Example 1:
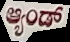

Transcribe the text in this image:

ಆ್ಯಂಡ್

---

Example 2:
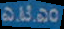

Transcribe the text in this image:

ಎ.ಟಿ.ಎಂ.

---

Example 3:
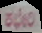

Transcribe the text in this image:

ಕಭೇಲ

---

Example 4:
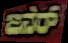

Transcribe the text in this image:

ಜವರ್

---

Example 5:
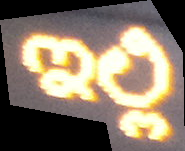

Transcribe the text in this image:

ಇಲ್ಲಿ